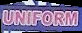
UNIFORM